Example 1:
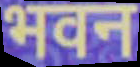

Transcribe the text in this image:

भवन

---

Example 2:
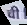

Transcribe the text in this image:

बी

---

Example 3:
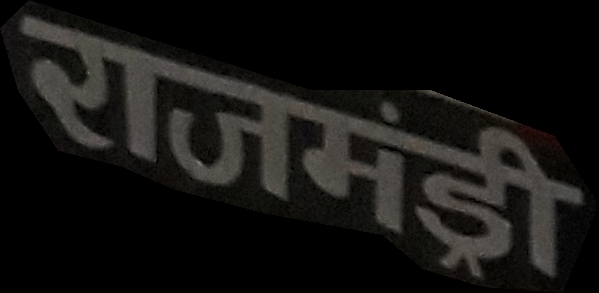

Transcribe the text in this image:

राजमंड्री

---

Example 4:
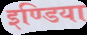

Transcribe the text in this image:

इण्डिया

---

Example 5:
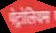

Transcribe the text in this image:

पेट्रोलियम